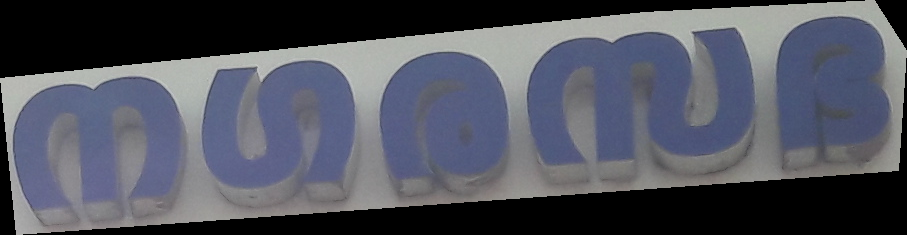
നഗരസഭ